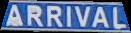
ARRIVAL